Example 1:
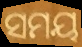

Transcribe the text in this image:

ସମୟ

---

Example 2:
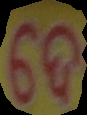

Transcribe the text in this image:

ଦେ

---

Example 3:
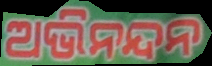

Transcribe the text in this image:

ଅଭିନନ୍ଦନ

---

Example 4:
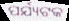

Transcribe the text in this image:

ପର୍ଯ୍ୟଟକ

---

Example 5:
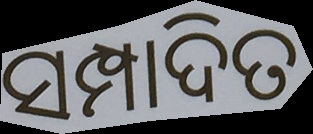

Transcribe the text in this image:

ସମ୍ପାଦିତ